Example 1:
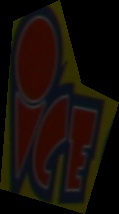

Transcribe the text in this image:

iCE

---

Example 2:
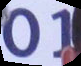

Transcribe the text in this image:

01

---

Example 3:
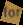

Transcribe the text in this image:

for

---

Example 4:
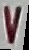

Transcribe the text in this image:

V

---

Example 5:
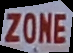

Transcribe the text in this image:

ZONE